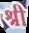
श्री